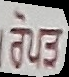
ਰੋਪੜ